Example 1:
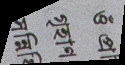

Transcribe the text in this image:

ওঁ প্রশি গৃহাণ সন্নিধি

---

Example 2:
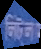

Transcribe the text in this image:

লিট্ল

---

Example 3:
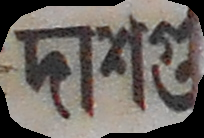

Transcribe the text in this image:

দাশগু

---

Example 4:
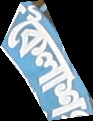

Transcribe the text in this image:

কৈলাশ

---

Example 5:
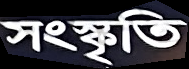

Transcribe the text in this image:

সংস্কৃতি